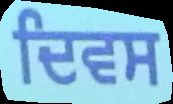
ਦਿਵਸ